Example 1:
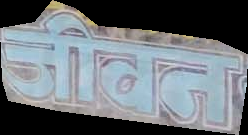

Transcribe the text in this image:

जीवन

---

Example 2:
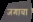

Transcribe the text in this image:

जमाचा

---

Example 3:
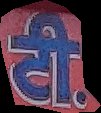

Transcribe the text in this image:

टी॰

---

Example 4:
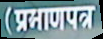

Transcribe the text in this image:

(प्रमाणपत्र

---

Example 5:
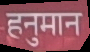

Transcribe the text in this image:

हनुमान